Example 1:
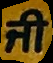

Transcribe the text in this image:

ਜੀ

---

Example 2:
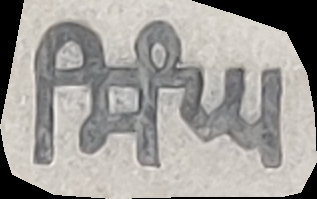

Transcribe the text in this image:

ਸਿੰਘ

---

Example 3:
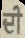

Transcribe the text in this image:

ਦੀ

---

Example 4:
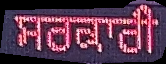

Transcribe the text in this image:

ਸਰਕਾਰੀ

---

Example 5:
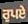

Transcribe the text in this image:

ਰੁਪਏ